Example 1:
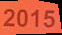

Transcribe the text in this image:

2015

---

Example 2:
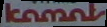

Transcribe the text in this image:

Kamal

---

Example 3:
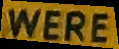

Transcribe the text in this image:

WERE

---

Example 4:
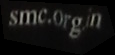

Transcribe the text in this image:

smc.org.in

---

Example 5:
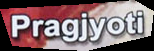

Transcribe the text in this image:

Pragjyoti